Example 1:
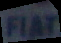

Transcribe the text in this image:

FIAT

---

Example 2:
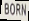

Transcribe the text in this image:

BORN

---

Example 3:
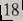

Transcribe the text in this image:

18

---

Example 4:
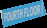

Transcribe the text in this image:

FOURTHFLOOR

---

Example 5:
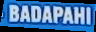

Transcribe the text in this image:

BADAPAHI